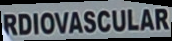
RDIOVASCULAR